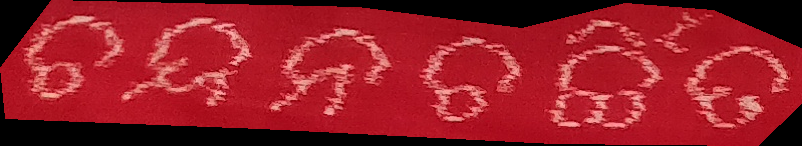
ଚନ୍ଦନ ଚର୍ଚ୍ଚିତ